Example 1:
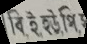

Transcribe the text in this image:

বি,ই,হউ,পি,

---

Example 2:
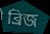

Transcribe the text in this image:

ব্রিজ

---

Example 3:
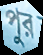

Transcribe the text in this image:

পুর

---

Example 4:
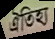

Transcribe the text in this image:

ঐতিহ্য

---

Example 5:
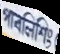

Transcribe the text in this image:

পাবলিশিং